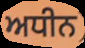
ਅਧੀਨ